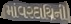
માંવરદાચિની